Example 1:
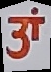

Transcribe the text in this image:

ਤਾਂ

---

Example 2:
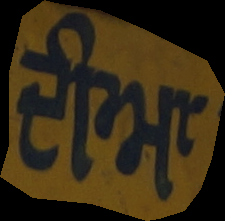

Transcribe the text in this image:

ਦੀਆ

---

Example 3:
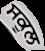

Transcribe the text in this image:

ਸਕੂਲ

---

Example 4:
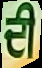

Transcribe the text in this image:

ਦੀ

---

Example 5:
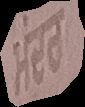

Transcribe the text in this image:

ਮਂਦਰ